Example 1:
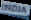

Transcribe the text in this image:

INDIA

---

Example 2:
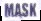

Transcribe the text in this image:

MASK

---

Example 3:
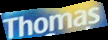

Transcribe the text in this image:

Thomas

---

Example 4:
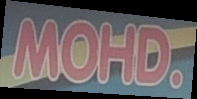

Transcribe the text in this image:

MOHD.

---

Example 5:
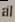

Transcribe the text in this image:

al